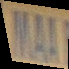
MAA